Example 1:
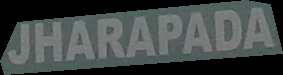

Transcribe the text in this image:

JHARAPADA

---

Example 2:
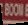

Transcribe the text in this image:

BOOM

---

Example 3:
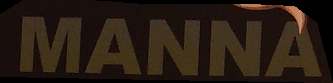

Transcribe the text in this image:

MANNA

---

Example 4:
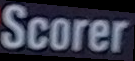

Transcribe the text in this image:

Scorer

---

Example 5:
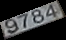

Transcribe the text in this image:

9784